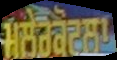
ਮਲੇਰਕੋਟਲਾ